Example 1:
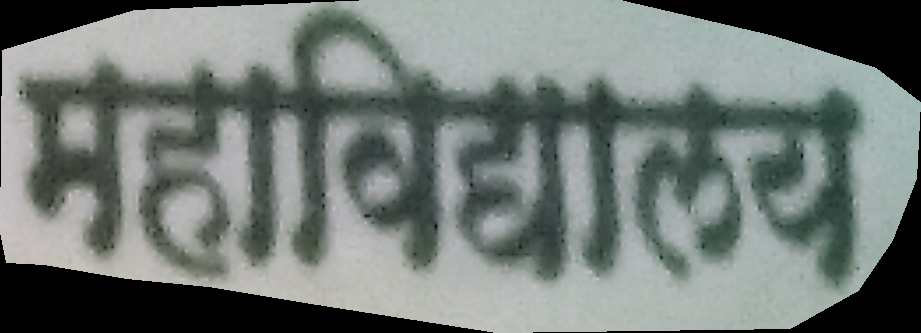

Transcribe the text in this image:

महाविद्यालय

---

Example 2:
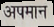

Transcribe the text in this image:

अपमान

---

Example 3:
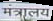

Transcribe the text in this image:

मंत्रालय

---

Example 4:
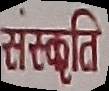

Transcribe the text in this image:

संस्कृति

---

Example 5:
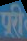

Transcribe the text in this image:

पूरी